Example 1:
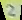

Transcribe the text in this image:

2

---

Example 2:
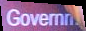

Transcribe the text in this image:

Govenm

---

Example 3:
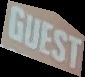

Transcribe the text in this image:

GUEST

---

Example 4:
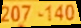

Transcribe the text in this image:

207-140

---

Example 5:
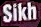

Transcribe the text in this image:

Sikh